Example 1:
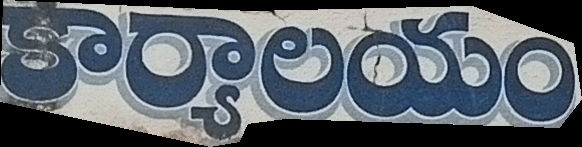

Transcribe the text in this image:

కార్యాలయం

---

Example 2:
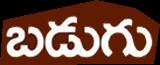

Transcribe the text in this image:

బడుగు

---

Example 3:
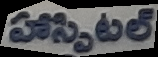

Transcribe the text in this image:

హాస్ఫిటల్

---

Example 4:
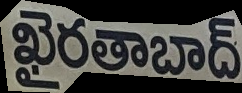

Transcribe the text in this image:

ఖైరతాబాద్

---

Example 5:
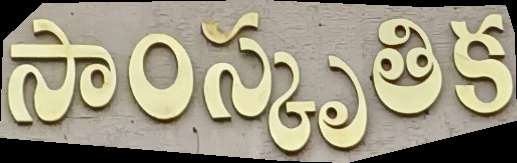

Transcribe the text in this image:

సాంస్కృతిక